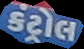
કંટ્રોલ